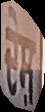
ਦੇਸ਼